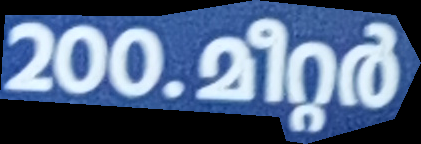
200.മീറ്റർ